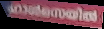
ഹാൾസെയിൽ